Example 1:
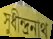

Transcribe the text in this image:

সুধীন্দ্রনাথ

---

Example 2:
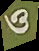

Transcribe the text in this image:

ও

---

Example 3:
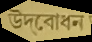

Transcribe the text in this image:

উদ্বোধন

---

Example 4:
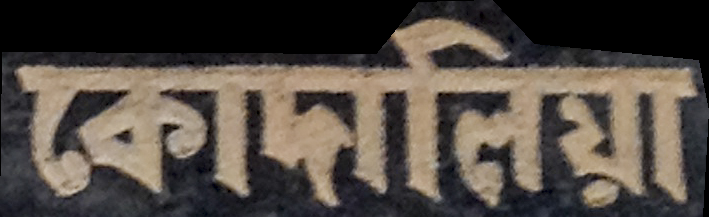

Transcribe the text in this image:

কোদালিয়া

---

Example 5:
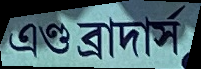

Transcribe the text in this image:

এগুব্রাদার্স